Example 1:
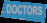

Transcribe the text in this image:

००८७०१५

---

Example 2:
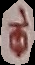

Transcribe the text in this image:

के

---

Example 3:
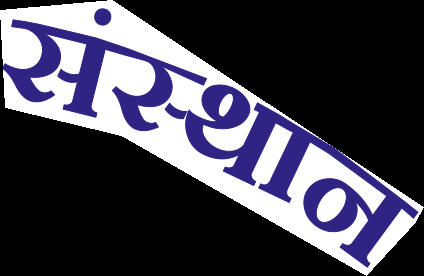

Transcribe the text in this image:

संस्थान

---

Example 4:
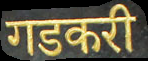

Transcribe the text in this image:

गडकरी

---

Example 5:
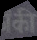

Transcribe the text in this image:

की